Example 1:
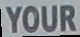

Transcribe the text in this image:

YOUR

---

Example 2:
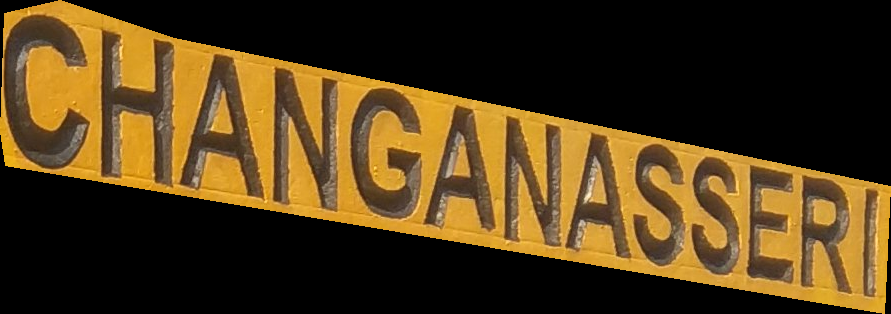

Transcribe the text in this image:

CHANGANASSERI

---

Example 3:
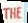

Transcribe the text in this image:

THE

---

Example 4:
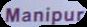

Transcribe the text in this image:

Manipur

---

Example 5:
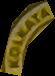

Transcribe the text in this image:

KOLKATA